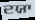
ਦਯਾ